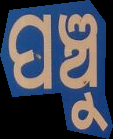
ପଞ୍ଚୁ